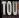
TOU